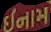
ઇનામ